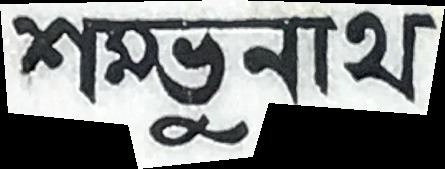
শম্ভুনাথ৷